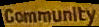
Community